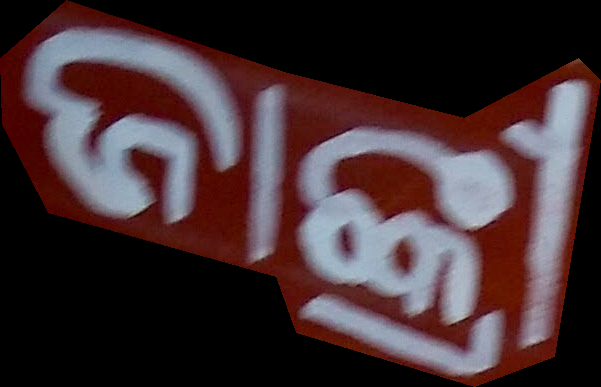
ଜାଙ୍କ୍ଷା